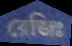
রেজিঃ